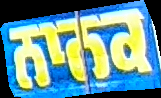
ਨਾਨਕ